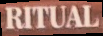
RITUAL